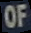
OF